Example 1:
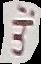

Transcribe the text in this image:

ਤੇਂ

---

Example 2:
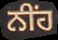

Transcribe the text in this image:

ਨੀਹ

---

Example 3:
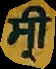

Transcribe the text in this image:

ਸ੍ਰੀ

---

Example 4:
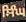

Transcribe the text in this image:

ਸਿੰਘ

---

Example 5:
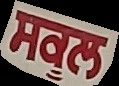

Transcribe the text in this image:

ਸਕੂਲ